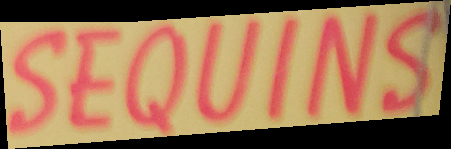
SEQUINS